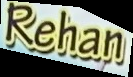
Rehan